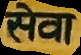
सेवा